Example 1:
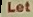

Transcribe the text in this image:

Let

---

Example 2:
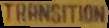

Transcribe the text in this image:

TRANSITION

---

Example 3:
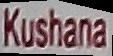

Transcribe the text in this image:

Kushana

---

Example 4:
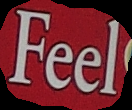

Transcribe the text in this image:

Feel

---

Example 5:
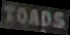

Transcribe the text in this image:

TOADS